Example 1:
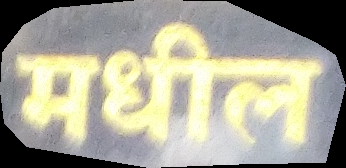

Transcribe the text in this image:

मधील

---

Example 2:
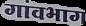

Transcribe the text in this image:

गांवभाग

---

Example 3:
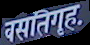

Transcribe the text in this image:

वसतिगृह.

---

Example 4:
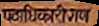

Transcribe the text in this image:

पठाधिकारीगण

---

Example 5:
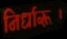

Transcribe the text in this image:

निर्धारू ।